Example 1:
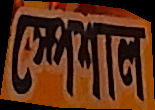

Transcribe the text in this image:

স্পেশাল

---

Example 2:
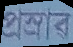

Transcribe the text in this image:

প্ৰস্ৰাৱ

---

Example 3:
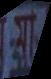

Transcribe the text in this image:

মা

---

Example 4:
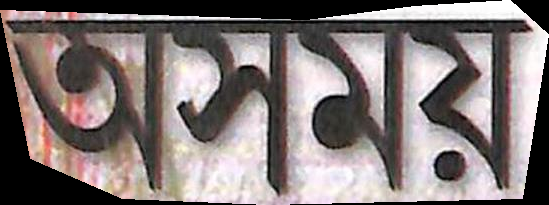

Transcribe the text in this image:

অসময়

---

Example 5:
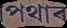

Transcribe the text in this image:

পথাৰ